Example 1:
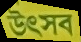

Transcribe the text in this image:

উৎসব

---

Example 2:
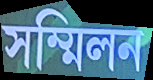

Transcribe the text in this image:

সম্মিলন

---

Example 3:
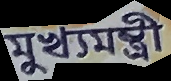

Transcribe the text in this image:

মুখ্যমন্ত্রী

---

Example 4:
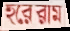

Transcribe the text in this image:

হরেরাম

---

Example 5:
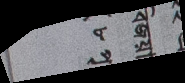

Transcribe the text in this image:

হই বিজয়ায়া (৮ পৃঃ